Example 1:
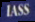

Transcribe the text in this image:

IASS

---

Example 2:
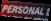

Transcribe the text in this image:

PERSONAL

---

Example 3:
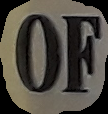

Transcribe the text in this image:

OF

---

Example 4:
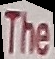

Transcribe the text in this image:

The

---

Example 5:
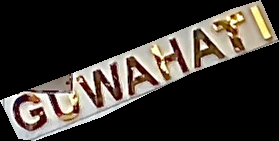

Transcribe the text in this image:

GUWAHATI